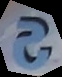
ટ